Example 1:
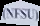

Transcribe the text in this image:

(NFSU)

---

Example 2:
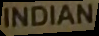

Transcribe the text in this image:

INDIAN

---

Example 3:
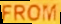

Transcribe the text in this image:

FROM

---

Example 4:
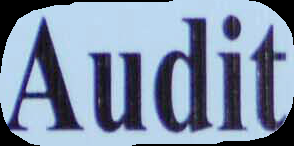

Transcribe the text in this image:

Audit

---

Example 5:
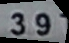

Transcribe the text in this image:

39